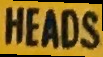
HEADS